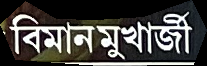
বিমান মুখার্জী